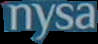
nysa